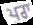
ਪਰਾ